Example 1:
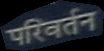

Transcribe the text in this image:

परिवर्तन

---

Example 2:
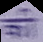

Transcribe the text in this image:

की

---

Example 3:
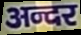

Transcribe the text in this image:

अन्दर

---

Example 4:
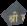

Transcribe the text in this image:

श्री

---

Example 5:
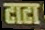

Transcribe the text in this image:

टाटा